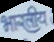
भारतीय